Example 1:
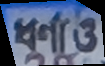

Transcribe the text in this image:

ধর্ণাও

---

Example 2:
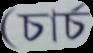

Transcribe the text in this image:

(চাৰ্চ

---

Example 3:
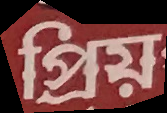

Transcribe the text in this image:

প্রিয়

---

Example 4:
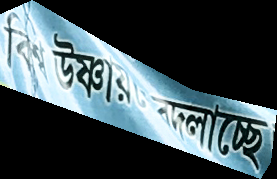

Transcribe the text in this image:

বিশ্ব উষ্ণার বদলাচ্ছে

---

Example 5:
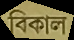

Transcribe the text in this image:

বিকাল